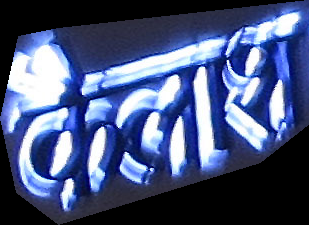
कैलाश